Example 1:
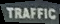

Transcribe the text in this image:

TRAFFIC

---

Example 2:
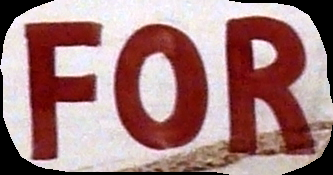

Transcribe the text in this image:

FOR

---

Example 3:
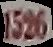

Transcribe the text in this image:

1526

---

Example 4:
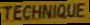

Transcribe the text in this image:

TECHNIQUE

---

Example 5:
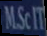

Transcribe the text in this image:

M.ScIT